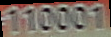
110001